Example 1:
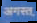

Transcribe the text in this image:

अगस्त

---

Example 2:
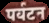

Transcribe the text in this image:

पर्यटन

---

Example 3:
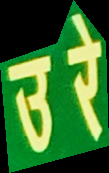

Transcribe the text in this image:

उरे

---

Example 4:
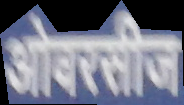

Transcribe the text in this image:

ओवरसीज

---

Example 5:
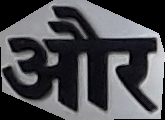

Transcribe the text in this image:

और